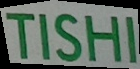
TISHI